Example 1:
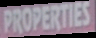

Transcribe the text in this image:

ਸਮਾਾਦਵ715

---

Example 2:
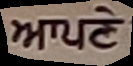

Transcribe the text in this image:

ਆਪਣੇ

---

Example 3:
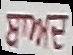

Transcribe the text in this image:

ਬਾਅਦ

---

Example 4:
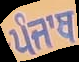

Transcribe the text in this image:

ਪੰਜਾਬ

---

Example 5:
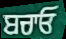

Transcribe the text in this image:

ਬਚਾਓ